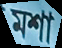
মশা